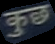
कुछ